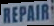
REPAIR